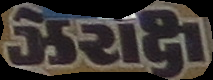
ઝેરાક્ષ